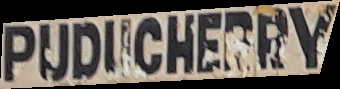
PUDUCHERRY